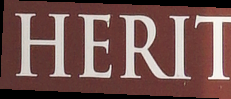
HERIT